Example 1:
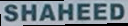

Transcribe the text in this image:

SHAHEED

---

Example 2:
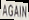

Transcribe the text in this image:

AGAIN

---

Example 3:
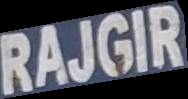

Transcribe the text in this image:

RAJGIR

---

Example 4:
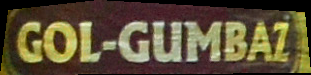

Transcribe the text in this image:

GOL-GUMBAZ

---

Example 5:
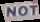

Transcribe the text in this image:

NOT